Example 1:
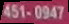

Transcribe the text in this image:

451-0947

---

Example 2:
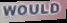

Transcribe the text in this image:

WOULD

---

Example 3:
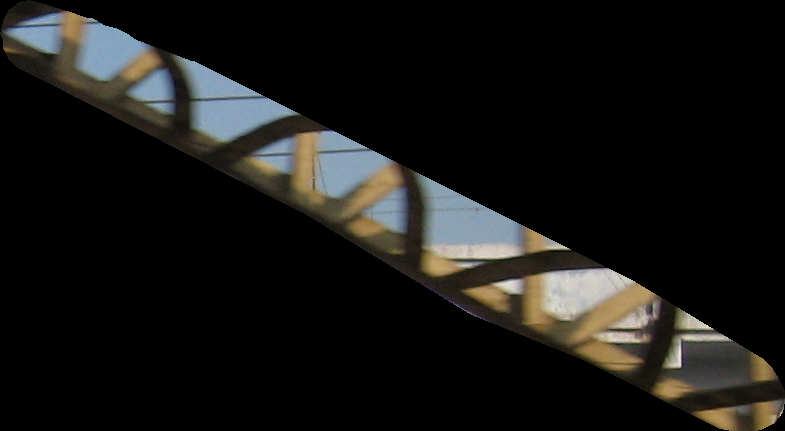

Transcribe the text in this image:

41442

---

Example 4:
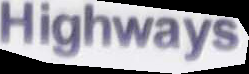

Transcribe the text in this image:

Highways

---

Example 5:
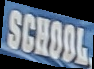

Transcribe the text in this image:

SCHOOL